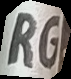
RG